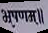
भूषणम्॥